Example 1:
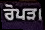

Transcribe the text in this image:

ਰੋਪੜ।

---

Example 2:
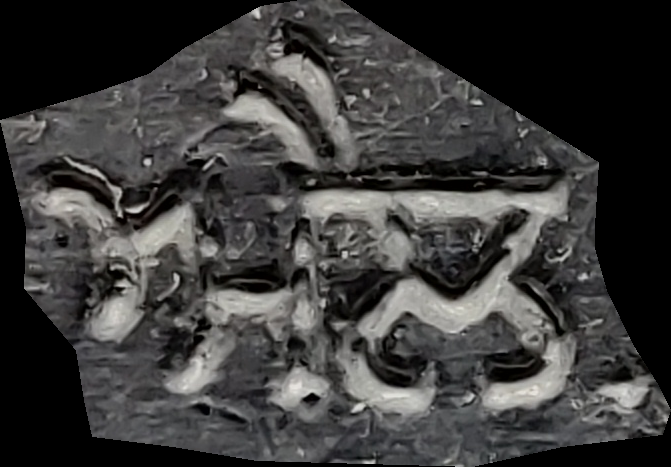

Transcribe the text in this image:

ਐਲ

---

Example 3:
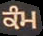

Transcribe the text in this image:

ਕੰਮ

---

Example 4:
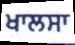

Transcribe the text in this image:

ਖਾਲਸਾ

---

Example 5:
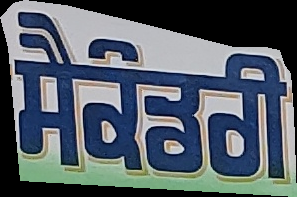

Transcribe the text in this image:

ਸੈਕੰਡਰੀ